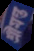
শ্রীমন্ত